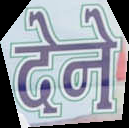
देने